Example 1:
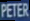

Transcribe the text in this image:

PETER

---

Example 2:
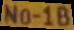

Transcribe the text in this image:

No-18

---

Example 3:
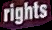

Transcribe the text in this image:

rights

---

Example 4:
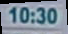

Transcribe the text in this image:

10:30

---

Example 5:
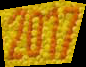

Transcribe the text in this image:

2017